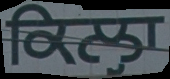
ਕਿਲ੍ਹਾ